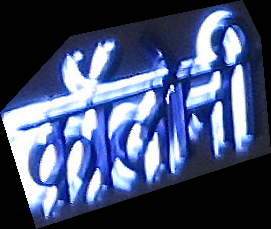
कॉलोनी